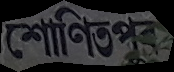
শোণিতপুৰ